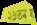
২৬তম